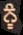
ਨੂੰ